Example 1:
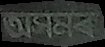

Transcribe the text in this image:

অসমৰ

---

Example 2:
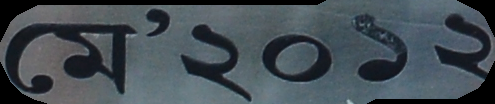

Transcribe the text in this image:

মে'২০১২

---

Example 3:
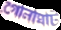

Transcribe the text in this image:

গোনাঘাট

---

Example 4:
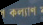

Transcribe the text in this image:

কল্যাণ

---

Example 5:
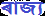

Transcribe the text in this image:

ৰাজ্য